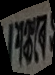
শঙ্কৰে